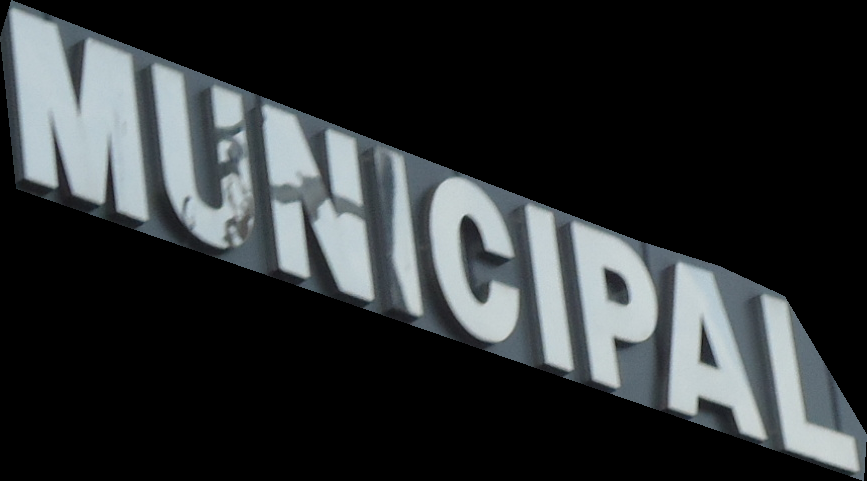
MUNICIPAL